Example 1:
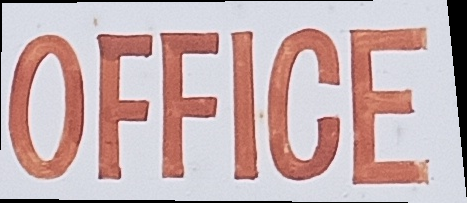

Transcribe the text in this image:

OFFICE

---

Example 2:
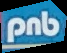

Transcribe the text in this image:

pnb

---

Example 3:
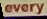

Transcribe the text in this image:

every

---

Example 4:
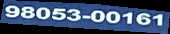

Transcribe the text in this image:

98053-00161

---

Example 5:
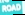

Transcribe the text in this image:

ROAD